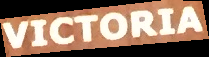
VICTORIA